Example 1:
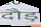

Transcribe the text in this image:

दौड़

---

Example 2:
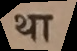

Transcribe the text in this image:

था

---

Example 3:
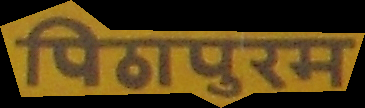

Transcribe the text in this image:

पिठापुरम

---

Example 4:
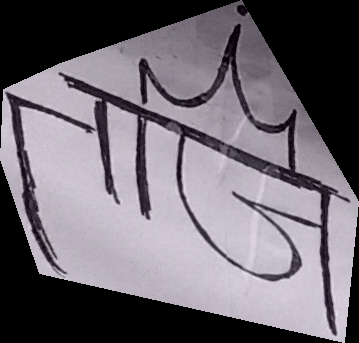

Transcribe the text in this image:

तजि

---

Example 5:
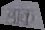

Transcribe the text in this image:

डाक